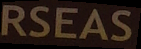
RSEAS